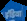
इंडिया